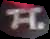
ਸ.